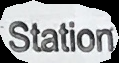
Station